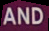
AND